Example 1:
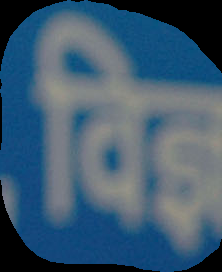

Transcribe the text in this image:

विज्ञ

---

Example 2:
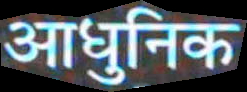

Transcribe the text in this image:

आधुनिक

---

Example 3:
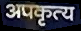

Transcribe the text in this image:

अपकृत्य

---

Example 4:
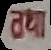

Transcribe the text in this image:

तथा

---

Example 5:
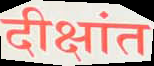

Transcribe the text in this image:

दीक्षांत